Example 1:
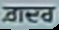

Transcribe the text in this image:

ਗ਼ਦਰ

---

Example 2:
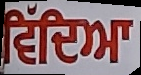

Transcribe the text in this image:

ਵਿੱਦਿਆ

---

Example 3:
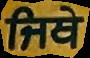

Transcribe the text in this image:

ਜਿਥੇ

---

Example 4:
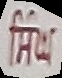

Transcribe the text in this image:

ਸਿੰਘ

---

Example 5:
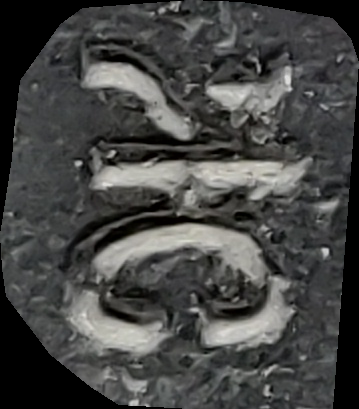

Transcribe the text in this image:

ਨੇਂ